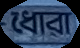
ধোরা